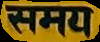
समय